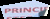
PRINC